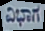
ವಿಭಾಗ